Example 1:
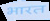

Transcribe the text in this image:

भारत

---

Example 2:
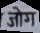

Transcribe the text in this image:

जोग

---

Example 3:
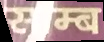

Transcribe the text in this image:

सम्ब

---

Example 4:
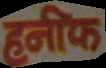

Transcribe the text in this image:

हनीफ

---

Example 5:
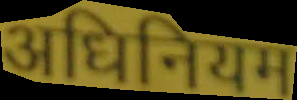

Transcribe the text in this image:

अधिनियम